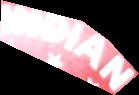
INDIAN